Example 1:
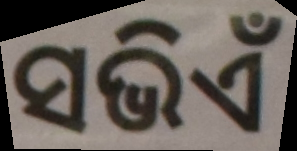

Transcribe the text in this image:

ସଭିଏଁ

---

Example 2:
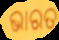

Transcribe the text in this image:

ଭାରତ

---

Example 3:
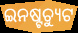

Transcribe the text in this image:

ଇନଷ୍ଟିଚ୍ୟୁଟ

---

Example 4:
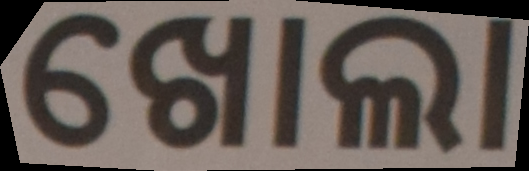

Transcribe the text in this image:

ଖୋଲା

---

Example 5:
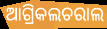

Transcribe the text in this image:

ଆଗ୍ରିକଲଚରାଲ